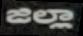
జల్ల